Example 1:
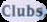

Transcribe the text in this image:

Clubs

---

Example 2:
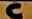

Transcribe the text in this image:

C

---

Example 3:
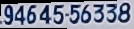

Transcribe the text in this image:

94645-56338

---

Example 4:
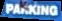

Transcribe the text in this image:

PARKING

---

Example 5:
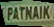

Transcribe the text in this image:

PATNAIK